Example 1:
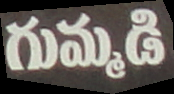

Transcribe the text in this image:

గుమ్మడి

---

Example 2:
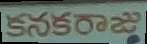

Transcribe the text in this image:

కనకరాజు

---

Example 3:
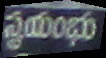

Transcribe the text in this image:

స్వయంభు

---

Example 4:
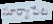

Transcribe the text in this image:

సూర్యాపేట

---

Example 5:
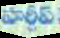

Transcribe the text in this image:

హర్దీప్